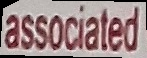
associated